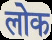
लोक